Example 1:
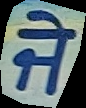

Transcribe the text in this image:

ਜੇ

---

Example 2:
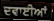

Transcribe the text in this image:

ਦਵਾਈਆਂ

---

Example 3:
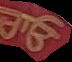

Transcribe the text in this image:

ਰਾੳ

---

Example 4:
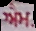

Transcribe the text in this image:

ਐਮ.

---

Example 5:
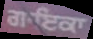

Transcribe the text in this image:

ਗਇਕਾ